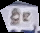
ಶ್ರೀ